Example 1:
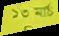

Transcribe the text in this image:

১৩মার্চ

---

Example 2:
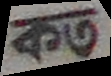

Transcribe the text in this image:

কত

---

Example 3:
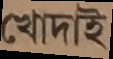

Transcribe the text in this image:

খোদাই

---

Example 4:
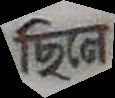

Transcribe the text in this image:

ছিলে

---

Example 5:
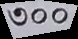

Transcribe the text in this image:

৩০০